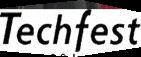
Techfest